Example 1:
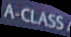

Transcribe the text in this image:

A-CLASS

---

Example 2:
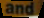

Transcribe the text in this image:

and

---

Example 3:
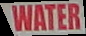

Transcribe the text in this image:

WATER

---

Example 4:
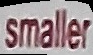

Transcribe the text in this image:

smaller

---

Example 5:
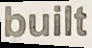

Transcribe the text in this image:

built